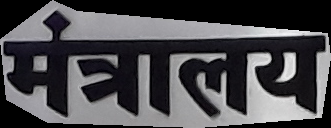
मंत्रालय